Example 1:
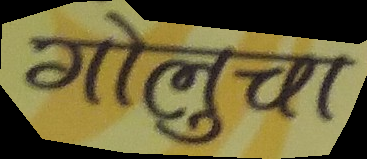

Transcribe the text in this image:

गोलुचा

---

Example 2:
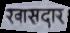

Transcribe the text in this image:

खासदार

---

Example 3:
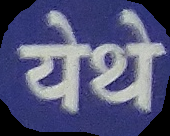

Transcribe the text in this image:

येथे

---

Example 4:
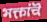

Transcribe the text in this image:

भक्तांचॆ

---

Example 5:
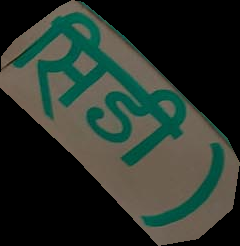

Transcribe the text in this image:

सिडी )